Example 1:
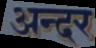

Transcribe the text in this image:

अन्दर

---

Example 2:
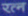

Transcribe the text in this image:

रत्न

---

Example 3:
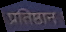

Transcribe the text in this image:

प्रतिष्ठान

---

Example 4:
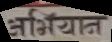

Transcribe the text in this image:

अभियान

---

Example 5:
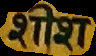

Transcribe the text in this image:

शीश